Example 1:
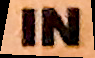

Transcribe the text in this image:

IN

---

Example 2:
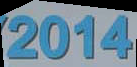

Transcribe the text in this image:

2014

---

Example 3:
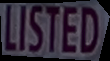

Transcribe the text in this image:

LISTED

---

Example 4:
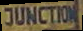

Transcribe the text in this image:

JUNCTION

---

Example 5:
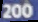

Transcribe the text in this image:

200